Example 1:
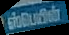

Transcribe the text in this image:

ஸ்பெயின்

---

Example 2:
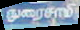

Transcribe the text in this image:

துரைசாமி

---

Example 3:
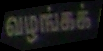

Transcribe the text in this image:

வழங்கக்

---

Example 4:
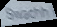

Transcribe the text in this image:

அவஸர்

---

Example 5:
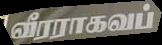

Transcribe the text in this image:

வீரராகவப்